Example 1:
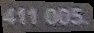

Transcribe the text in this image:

411005.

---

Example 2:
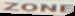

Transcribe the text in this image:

ZONE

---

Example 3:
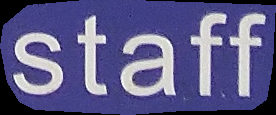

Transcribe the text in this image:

staff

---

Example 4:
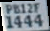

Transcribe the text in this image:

PB12F 1444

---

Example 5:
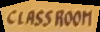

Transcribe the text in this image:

CLASSROOM